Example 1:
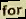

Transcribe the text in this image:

for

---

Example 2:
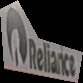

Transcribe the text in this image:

Reliance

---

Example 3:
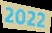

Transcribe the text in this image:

2022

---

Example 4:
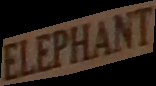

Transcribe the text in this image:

ELEPHANT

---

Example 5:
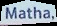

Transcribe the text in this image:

Matha,